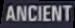
ANCIENT